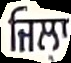
ਜਿਲ